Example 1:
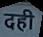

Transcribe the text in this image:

दही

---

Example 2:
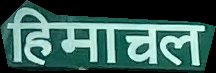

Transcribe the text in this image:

हिमाचल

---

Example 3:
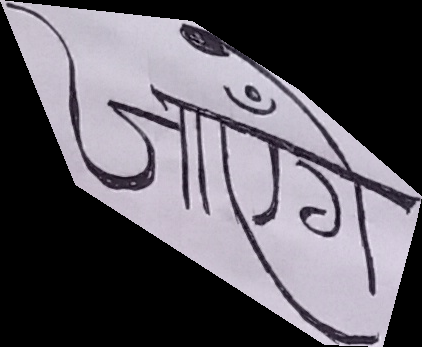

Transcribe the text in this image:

जाएँगे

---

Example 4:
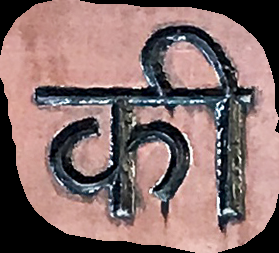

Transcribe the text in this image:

की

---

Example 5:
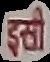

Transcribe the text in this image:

इसी